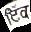
ਇੱਕ